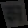
का